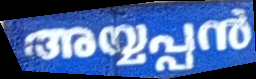
അയ്യപ്പൻ